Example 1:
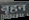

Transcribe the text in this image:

बृहन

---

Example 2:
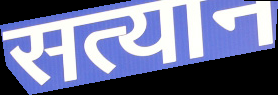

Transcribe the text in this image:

सत्यान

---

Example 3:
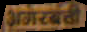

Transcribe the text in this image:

अगरबत्ती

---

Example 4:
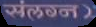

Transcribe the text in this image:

संलग्न)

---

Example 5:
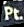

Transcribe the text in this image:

रिड